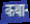
कथा-